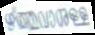
ഴ്ത്തവാനുള്ള